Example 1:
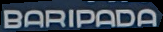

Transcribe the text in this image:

BARIPADA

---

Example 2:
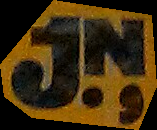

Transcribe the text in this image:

JN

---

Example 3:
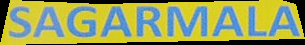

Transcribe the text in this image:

SAGARMALA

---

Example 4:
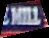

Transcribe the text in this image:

MILL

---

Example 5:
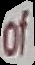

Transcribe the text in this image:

of